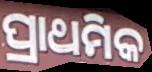
ପ୍ରାଥମିକ